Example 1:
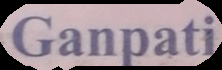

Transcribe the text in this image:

Ganpati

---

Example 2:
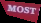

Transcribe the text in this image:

MOST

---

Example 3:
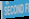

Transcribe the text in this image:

SECOND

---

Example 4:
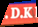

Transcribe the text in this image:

.D.K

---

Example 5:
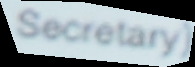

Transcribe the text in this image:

Secretary)